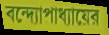
বন্দ্যোপাধ্যায়ের